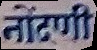
नोंदणी